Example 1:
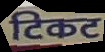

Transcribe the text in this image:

टिकट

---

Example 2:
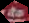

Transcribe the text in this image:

बैंक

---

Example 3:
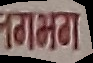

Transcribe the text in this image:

गभग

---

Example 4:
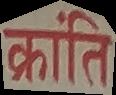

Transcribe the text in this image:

क्रांति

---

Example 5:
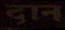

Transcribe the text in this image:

दान